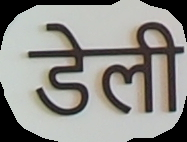
डेली